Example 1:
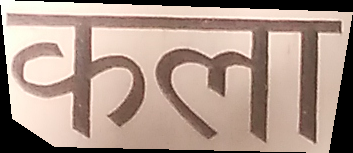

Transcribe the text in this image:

कला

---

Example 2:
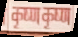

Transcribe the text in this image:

कृष्णकृष्ण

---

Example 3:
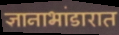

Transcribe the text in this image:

ज्ञानाभांडारात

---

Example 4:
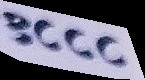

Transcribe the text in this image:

९८८८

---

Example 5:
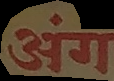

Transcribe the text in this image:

अंग